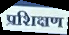
प्रशिक्षण